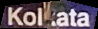
Kolkata